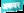
अकबर